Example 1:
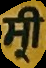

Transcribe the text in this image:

ਸ੍ਰੀ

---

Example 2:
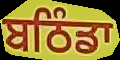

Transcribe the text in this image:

ਬਠਿੰਡਾ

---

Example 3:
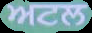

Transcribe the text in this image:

ਅਟਲ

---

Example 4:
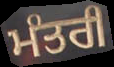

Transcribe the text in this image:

ਮੰਤਰੀ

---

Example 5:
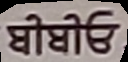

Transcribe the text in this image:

ਬੀਬੀਓ